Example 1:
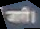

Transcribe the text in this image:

जारी।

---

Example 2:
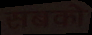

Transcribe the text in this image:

सबको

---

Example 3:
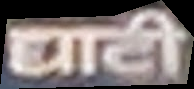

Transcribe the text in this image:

घाटी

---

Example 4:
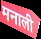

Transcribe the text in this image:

मनाली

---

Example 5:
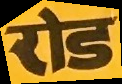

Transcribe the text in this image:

रोड